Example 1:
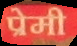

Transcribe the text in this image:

प्रेमी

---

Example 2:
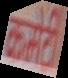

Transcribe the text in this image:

कमेटी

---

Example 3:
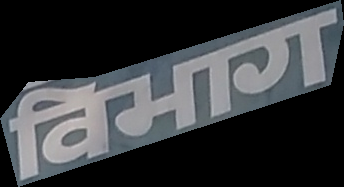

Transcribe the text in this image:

विभाग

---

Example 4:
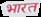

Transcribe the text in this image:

भारत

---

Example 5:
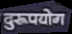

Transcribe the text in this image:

दुरूपयोग